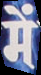
में